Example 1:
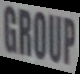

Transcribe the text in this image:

GROUP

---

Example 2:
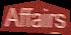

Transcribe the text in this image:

Affairs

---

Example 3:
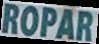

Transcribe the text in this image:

ROPAR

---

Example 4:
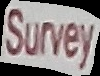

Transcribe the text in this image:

Survey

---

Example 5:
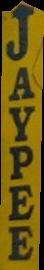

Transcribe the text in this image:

JAYPEE